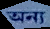
অন্য